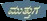
ಮುತ್ತುಗ